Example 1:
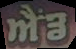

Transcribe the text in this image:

ਐਂਡ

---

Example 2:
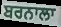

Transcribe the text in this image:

ਬਰਨਾਲਾ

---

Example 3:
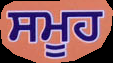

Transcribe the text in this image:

ਸਮੂਹ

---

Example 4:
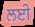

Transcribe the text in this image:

ਲਈ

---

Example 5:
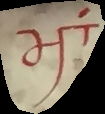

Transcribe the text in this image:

ਮਾਂ